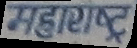
महाराष्‍ट्र